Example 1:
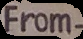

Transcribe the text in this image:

From-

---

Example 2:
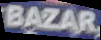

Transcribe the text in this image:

BAZAR,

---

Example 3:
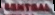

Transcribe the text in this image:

CENTRAL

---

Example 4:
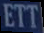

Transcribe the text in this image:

ETT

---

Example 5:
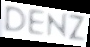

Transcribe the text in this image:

DENZ